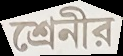
শ্রেনীর